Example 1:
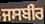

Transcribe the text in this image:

ਜਸਬੀਰ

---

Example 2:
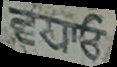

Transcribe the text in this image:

ਵਧਾਓ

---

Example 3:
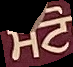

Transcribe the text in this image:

ਮਟੋ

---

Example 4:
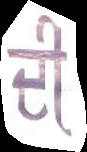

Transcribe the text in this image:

ਦੀ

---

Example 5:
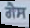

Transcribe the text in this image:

ਗੇਸ